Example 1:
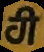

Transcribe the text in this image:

ਹੀ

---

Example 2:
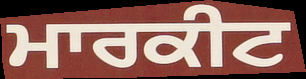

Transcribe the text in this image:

ਮਾਰਕੀਟ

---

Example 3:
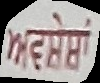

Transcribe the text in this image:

ਅਵਸ਼ੇਸ਼ਾ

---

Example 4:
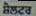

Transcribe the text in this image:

ਸੈਲਟਰ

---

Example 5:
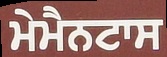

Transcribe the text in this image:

ਮੇਮੈਨਟਾਸ